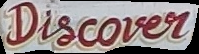
Discover